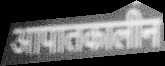
आपातकालीन